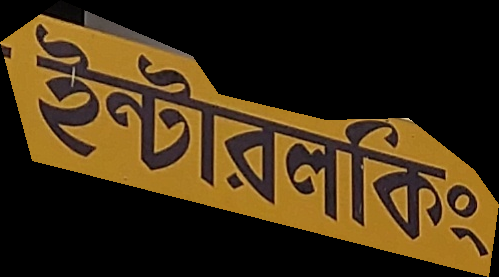
ইন্টারলকিং